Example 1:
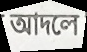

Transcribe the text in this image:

আদলে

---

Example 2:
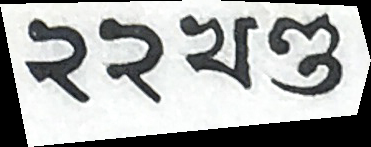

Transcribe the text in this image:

২২খণ্ড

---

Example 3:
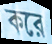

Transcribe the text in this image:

করে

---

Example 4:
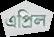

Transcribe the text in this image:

এপ্রিল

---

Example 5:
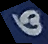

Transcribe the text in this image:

ও